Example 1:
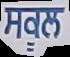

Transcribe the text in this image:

ਸਕੂਲ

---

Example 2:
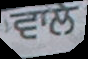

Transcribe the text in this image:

ਵਾਲੇ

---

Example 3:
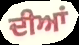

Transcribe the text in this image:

ਦੀਆਂ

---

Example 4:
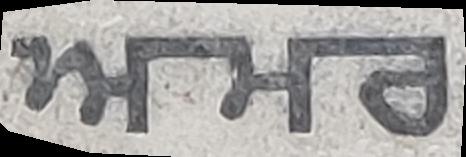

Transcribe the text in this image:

ਆਮਰ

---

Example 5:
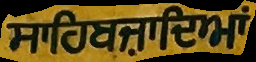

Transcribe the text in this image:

ਸਾਹਿਬਜ਼ਾਦਿਆਂ